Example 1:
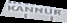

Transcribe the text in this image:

KANNUR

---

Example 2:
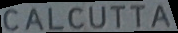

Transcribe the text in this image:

CALCUTTA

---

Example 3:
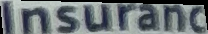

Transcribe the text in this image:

Insurance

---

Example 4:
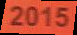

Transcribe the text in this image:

2015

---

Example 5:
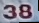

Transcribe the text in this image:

38